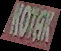
KOTAK